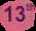
13th